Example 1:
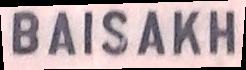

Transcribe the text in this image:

BAISAKH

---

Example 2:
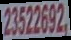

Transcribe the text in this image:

23522692,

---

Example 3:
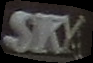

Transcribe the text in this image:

SKY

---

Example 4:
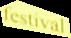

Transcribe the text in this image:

festival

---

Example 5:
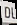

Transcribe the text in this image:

DL